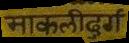
माकलीदुर्ग